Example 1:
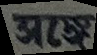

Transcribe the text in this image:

সঙ্গে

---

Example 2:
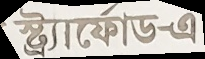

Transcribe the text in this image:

স্ট্র্যাফোড-এ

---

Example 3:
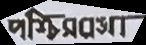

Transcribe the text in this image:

পশ্চিরবসা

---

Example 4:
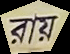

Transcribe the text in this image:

রায়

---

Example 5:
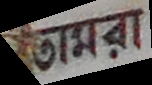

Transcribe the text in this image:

তামরা